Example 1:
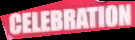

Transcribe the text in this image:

CELEBRATION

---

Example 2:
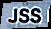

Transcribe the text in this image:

JSS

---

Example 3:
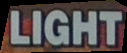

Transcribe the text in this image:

LIGHT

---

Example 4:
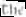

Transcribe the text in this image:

the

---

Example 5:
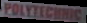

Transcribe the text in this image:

POLYTECHNIC